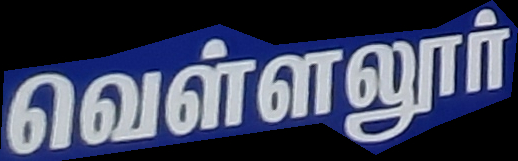
வெள்ளலூா்